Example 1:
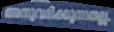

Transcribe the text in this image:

അനുവദിക്കുന്നതല്ല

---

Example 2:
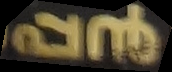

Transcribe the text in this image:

പ്പൻ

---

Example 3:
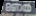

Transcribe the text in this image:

ദണത്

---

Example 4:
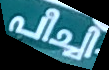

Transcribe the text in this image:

പീച്ചി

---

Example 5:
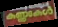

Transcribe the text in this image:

കണ്ണാകൾ